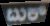
ಟುಕ್